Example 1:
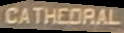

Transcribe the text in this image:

CATHEDRAL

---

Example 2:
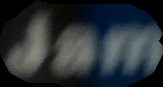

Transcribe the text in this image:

Jam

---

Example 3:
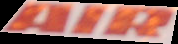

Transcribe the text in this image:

AIR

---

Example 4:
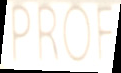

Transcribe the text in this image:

PROF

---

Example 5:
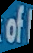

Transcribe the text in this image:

of